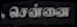
எசன்னை